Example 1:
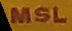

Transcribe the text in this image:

MSL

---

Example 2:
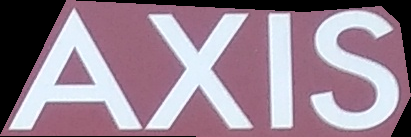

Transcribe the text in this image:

AXIS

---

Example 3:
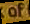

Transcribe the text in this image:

of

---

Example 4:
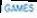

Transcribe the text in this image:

GAMES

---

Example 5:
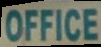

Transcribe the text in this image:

OFFICE